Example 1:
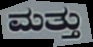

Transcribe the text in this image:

ಮತ್ತು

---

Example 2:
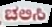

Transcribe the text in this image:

ಚಲಸಿ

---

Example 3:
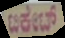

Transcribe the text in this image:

ಟಕೇಟ್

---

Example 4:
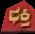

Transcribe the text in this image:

ಭಕ್ತಿ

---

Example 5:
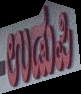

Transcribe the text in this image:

ಉಡುಪಿ